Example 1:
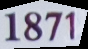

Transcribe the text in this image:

1871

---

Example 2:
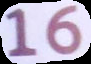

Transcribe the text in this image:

16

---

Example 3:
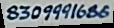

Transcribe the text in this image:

8309991686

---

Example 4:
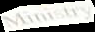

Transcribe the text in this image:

Ministry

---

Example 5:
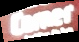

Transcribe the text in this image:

Corner